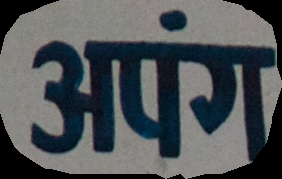
अपंग